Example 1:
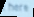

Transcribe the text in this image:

here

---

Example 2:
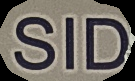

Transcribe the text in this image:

SID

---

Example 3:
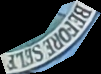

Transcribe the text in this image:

BEFORESELF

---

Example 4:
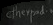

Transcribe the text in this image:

etherped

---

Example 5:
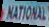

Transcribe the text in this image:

NATIONAL